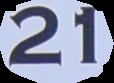
21